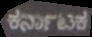
ಕರ್ನಾಟಕ